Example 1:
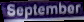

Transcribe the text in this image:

September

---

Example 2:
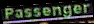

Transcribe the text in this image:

Passenger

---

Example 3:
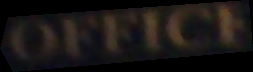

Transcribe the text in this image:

OFFICE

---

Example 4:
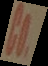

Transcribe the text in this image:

Co.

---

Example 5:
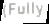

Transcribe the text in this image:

(Fully